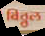
विठ्ठल